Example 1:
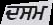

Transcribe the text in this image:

ਦਸਮ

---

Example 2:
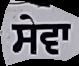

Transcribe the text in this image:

ਸੇਵਾ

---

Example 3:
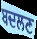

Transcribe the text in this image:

ਬਦਲਣ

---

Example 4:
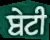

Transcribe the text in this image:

ਬੇਟੀ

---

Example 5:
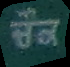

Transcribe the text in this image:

ਚੌਕ